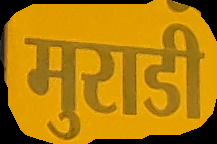
मुराडी